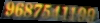
9687541109